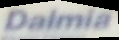
Dalmia